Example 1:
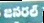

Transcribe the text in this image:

జనరల్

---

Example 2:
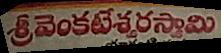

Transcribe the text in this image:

శ్రీ వెంకటేశ్వరస్వామి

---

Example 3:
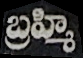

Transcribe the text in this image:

బ్రహ్మి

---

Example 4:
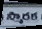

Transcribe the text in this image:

స్మారక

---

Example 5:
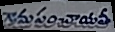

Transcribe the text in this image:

గ్రామపంచాయతీ